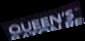
QUEEN